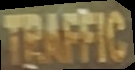
TRAFFIC